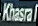
Khasra